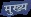
मुख्य